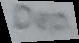
Dep.